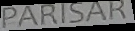
PARISAR